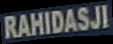
RAHIDASJI